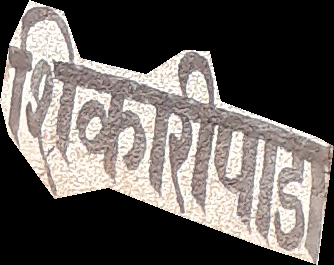
शिकारीपाडा